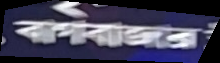
বাগবাজার